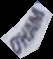
DHAM